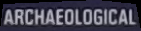
ARCHAEOLOGICAL